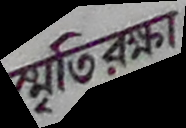
স্মৃতিরক্ষা